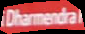
Dharmendra